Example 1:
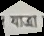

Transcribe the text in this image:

যাত্রা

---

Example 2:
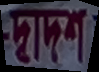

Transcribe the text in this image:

দ্বাদশ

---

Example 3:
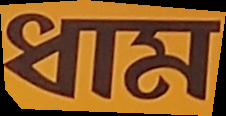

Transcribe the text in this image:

ধাম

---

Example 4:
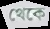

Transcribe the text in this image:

থেকে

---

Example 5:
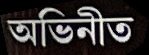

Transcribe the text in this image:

অভিনীত